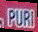
PURI